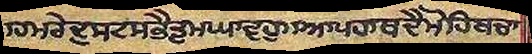
ਹਮਰੇਦੁਸਟਸਭੈਤੁਮਘਾਵਹੁ॥ਆਪਹਾਥਦੈਮੋਹਿਬਚਾ